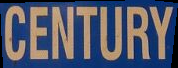
CENTURY